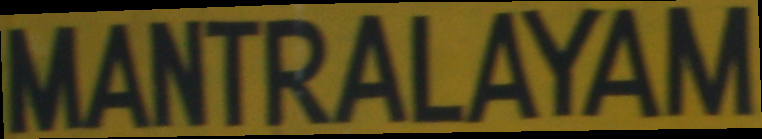
MANTRALAYAM